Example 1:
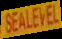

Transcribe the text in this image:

SEALEVEL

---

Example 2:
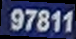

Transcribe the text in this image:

97811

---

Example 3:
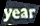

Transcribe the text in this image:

year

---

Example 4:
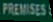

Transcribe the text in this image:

PREMISES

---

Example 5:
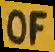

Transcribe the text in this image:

OF